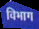
विभाग